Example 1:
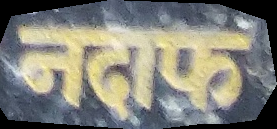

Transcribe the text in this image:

नदाफ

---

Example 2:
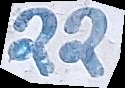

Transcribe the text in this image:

२२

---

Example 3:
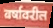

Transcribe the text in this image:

वर्षावरील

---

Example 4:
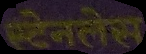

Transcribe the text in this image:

स्टेनलेस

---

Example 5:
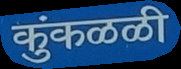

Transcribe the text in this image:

कुंकळळी